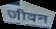
जीवन